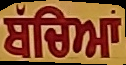
ਬੱਚਿਆਂ